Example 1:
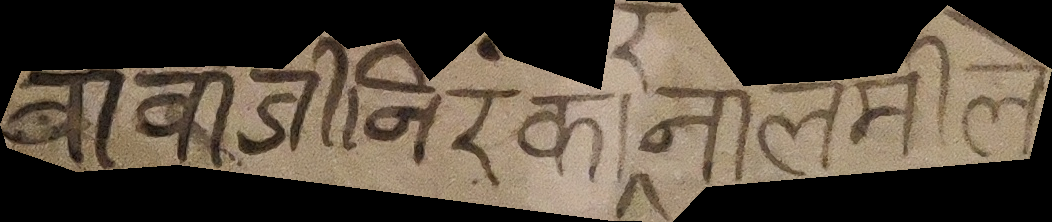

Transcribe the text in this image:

बाबाजीनिर का नालमील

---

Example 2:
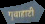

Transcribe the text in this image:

गुवाहाटी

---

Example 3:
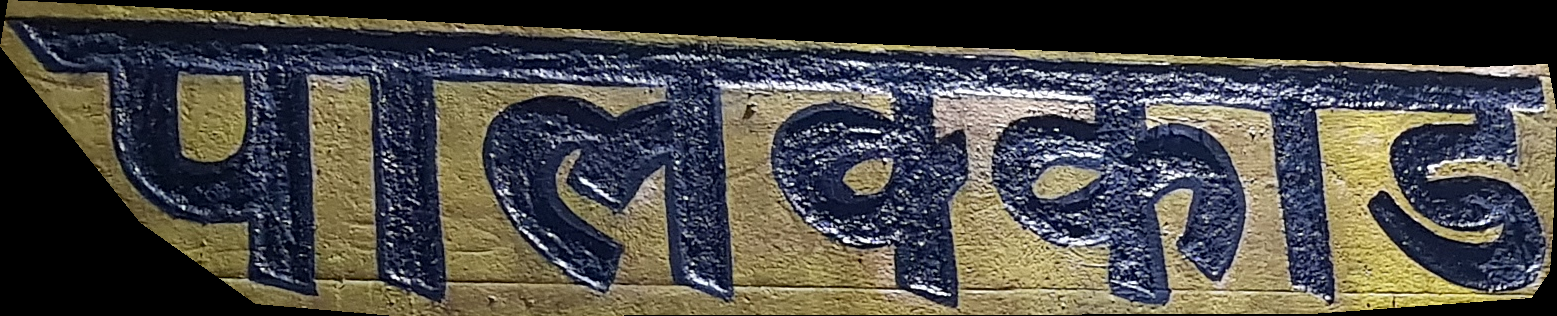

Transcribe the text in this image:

पालक्काड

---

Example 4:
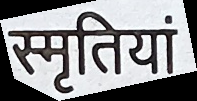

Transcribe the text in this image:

स्मृतियां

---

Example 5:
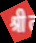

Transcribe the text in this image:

श्री